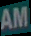
AM